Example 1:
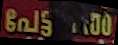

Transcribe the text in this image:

வேട്ടഠഠ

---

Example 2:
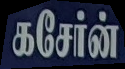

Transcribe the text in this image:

கசோ்ன்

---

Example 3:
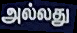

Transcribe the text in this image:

அல்லது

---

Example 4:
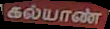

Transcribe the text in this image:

கல்யாண்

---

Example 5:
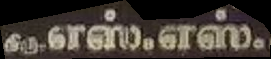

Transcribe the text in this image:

ஸ்ரீ எஸ்.எஸ்